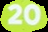
20